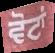
ਵੋਟਾਂ